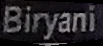
Biryani